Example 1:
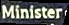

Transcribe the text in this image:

Minister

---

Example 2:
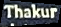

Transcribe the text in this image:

Thakur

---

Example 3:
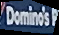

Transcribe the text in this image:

Domino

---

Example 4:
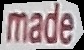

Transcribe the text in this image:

made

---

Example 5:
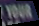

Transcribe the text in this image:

YOUR